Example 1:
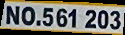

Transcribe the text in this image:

NO.561203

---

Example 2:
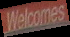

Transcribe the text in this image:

Welcomes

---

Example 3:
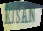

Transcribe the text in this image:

KISAN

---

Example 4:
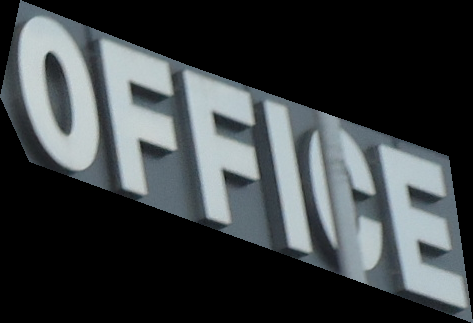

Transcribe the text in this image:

OFFICE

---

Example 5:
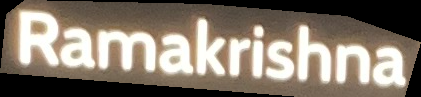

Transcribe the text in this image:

Ramakrishna